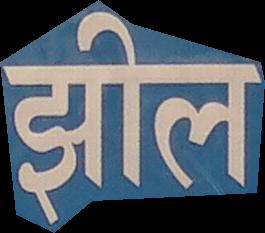
झील